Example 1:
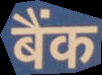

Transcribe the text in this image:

बैंक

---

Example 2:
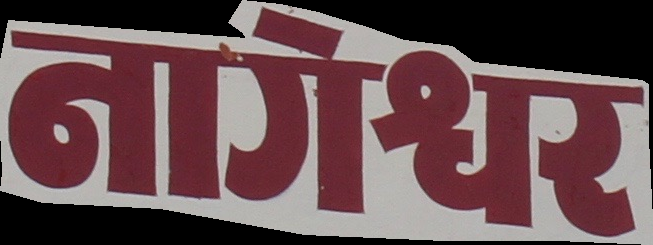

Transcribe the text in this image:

नागॆश्वर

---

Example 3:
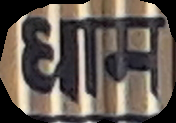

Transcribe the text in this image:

धाम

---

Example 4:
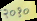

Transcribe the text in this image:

२०१०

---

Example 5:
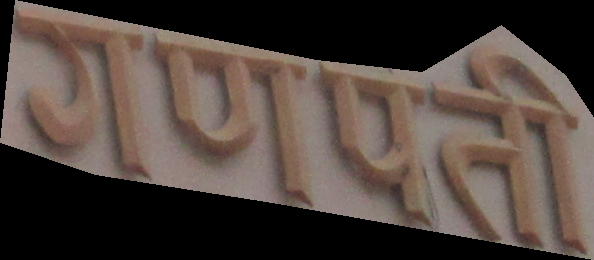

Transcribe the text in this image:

गणपती